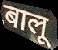
बालू